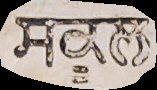
ਸਕੂਲ